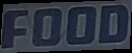
FOOD